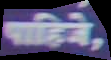
पाहिजे,